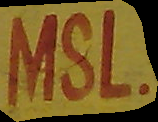
MSL.